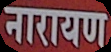
नारायण